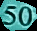
50